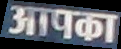
आपका